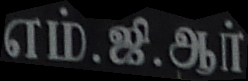
எம்.ஜி.ஆா்